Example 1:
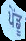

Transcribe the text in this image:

ਪੇਂਡੂ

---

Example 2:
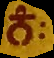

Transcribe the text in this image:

ਨੰਃ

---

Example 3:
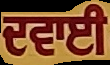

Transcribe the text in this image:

ਦਵਾਈ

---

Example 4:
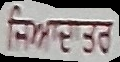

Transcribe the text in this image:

ਜਿਆਦਾਤਰ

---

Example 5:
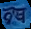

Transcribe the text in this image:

ਕਥ